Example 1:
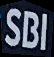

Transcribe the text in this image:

SBI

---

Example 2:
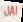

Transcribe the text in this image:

JAI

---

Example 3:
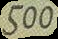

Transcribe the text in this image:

500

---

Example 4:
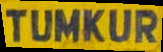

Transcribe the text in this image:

TUMKUR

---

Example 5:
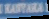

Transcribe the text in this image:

KANTARA